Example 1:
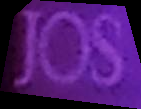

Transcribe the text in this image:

JOS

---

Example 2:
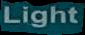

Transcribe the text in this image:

Light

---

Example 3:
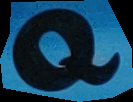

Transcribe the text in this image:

Q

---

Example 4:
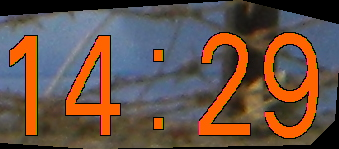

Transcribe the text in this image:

14:29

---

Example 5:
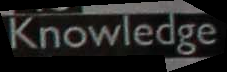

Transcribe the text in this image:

Knowledge